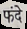
फंदे